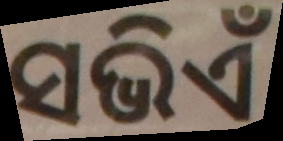
ସଭିଏଁ